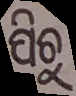
ପିଚୁ